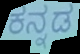
ಕನ್ನಡ